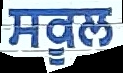
ਸਕੂਲ